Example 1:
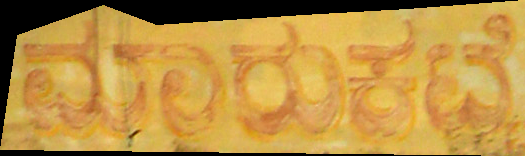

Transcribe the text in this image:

ಮಾರುಕವ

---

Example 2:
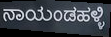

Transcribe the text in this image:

ನಾಯಂಡಹಳ್ಳಿ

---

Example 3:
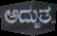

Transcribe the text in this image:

ಅದ್ಟುತ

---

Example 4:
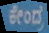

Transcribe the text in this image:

ಕೇಂದ್ರ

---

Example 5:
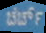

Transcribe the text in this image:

ಚಚ್೯